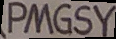
PMGSY